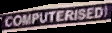
COMPUTERISED)